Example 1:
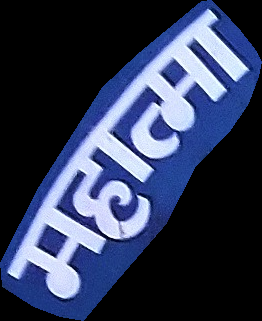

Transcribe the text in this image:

महात्मा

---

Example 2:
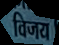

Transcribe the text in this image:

विजय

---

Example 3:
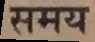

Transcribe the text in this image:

समय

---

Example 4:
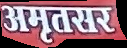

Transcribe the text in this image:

अमृतसर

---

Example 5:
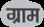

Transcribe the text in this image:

ग्राम